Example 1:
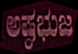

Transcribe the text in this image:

ಅಷ್ಠಭುಜ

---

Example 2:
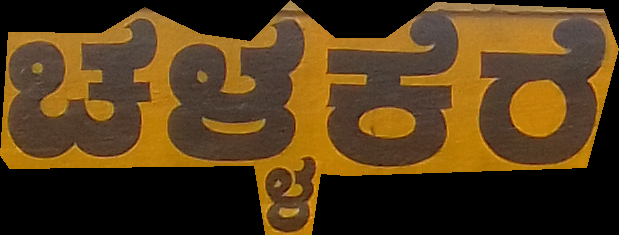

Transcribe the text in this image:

ಚಳ್ಳಕೆರ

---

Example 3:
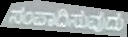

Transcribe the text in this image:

ಸಂಪಾದಿಸುವುದು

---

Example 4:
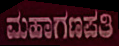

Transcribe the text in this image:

ಮಹಾಗಣಪತಿ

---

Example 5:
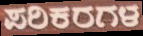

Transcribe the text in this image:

ಶರೀರಗಳ